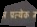
प्रत्येक